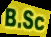
B.Sc